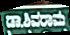
ಡಾಶಿವರಾಮ